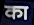
का